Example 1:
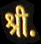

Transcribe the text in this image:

श्री.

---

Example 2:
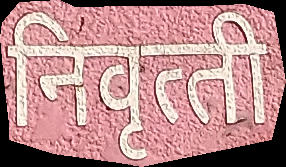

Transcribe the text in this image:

निवृत्‍ती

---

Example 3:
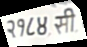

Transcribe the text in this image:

२१८४,सी,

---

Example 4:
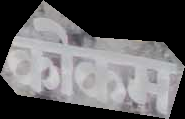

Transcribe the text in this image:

कोकम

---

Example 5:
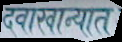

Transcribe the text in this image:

दवाखान्यात